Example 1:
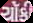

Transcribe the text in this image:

ચૉકી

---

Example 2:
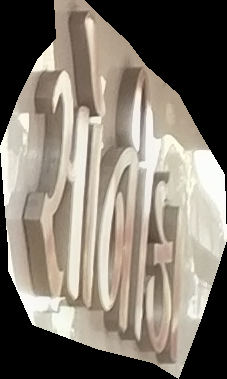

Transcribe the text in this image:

સોનીકા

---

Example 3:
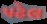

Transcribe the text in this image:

૫ટેલ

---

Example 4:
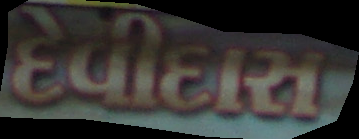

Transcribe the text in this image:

દેવીદાસ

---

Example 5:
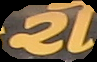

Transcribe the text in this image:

રી